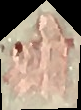
श्री